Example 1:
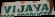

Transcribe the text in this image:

VIJAYA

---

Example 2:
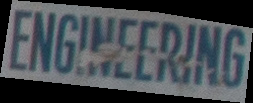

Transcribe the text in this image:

ENGINEERING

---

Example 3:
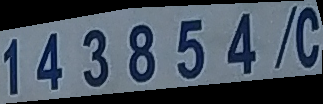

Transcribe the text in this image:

143854/C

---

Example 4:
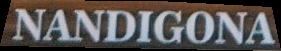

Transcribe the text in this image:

NANDIGONA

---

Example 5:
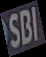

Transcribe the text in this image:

SBI